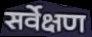
सर्वेक्षण